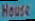
House